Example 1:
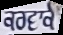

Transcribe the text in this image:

ਕਰਵਾਕੇ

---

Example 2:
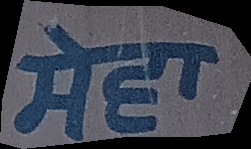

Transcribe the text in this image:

ਸੇਵਾ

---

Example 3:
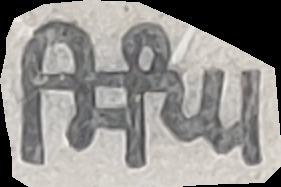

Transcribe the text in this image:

ਸਿੰਘ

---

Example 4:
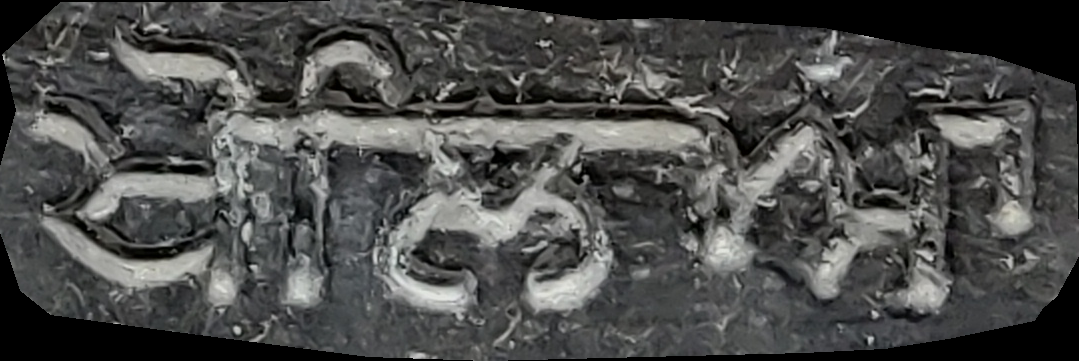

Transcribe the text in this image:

ਖੋਲਿਆ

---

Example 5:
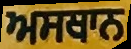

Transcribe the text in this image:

ਅਸਥਾਨ